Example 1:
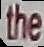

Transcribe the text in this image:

the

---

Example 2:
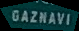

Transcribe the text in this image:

GAZNAVI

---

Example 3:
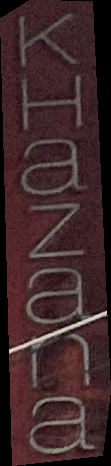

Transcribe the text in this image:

Khazana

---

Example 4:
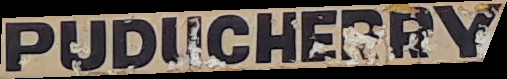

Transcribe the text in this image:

PUDUCHERRY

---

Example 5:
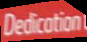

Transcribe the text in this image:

Dedication